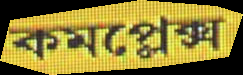
কমপ্লেক্স